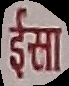
ईसा